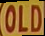
OLD